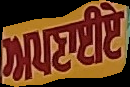
ਅਪਣਾਈਏ